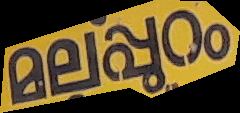
മലപ്പുറം